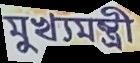
মুখ্যমন্ত্রী